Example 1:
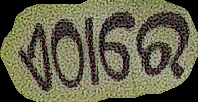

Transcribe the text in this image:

ଏଠାରେ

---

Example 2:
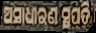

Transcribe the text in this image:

ଅସାଧାରଣ ସୁପତି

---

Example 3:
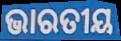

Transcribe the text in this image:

ଭାରତୀୟ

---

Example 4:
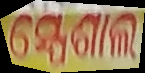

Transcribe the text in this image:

ସେଶାଲ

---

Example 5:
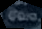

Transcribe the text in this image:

ବିଭାଗ